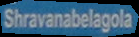
Shravanabelagola